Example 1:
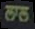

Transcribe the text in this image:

ਲਾਲ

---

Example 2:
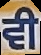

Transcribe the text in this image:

ਵੀ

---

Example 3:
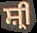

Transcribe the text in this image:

ਸ਼੍ਰੀ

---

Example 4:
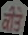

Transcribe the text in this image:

ਕੀਤੇ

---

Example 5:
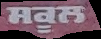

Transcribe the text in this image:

ਸਕੂਲ